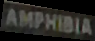
AMPHIBIA